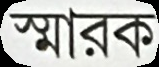
স্মারক